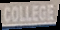
COLLEGE